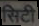
सिटी